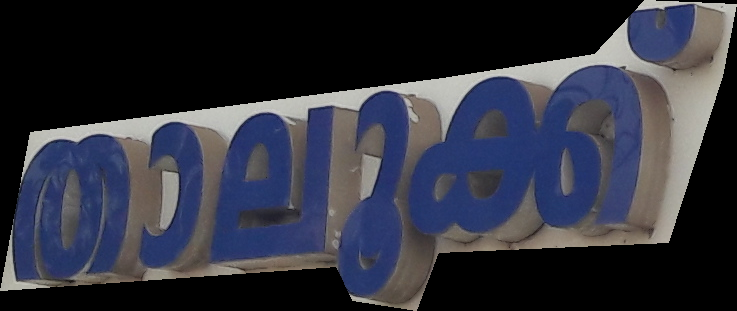
താലൂക്ക്